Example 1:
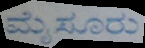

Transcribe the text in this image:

ಮೈಸೂರು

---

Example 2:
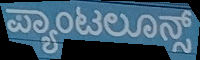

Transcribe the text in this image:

ಪ್ಯಾಂಟಲೂನ್ಸ್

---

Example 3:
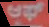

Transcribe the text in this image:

ಆಫ್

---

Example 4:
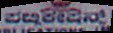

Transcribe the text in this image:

ಪಟ್ಲಕೇಷನ್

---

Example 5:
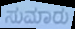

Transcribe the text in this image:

ಸುಮಾರು